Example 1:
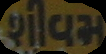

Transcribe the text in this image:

શીવમ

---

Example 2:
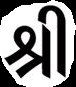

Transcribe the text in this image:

શ્રી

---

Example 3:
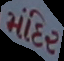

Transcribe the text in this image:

મંદિર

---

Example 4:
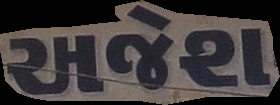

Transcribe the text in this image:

અજેશ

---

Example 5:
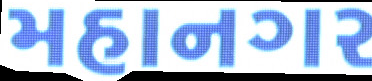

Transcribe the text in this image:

મહાનગર